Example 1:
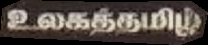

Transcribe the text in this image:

உலகத்தமிழ்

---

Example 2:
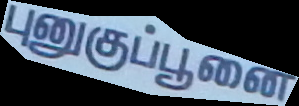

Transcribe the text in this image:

புனுகுப்பூனை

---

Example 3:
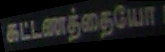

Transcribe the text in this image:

கட்டணத்தையோ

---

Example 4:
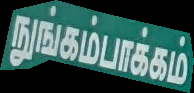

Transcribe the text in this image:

நுங்கம்பாக்கம்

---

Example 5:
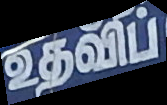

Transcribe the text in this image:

உதவிப்